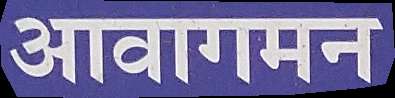
आवागमन